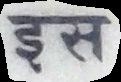
इस